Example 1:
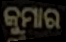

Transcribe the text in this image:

କୁମାର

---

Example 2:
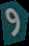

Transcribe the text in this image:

୨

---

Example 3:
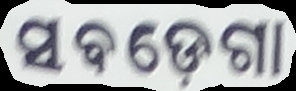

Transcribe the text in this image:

ସବଡ଼େଗା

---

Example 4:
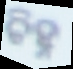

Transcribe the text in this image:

ଚିହ୍ନ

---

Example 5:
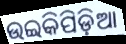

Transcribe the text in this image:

ଉଇକିପିଡ଼ିଆ